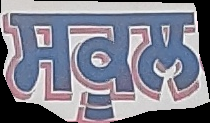
ਸਕੂਲ